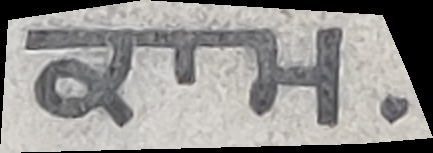
ਕਾਮ.